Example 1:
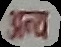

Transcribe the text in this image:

अन्य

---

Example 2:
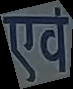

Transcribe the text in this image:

एवं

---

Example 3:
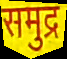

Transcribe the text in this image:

समुद्र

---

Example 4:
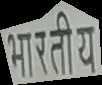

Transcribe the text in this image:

भारतीय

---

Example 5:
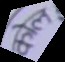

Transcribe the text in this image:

कोल